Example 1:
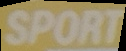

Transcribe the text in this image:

SPORT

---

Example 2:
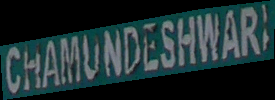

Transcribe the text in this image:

CHAMUNDESHWAR!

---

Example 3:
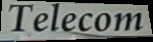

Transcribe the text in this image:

Telecom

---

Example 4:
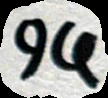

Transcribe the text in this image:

9५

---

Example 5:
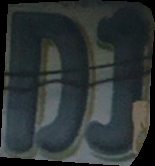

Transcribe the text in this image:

DJ